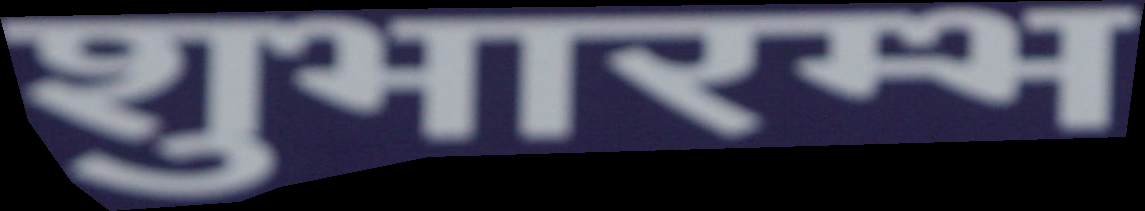
शुभारम्भ